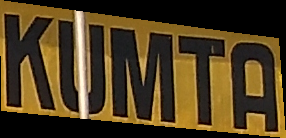
KUMTA